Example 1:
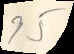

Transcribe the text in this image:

95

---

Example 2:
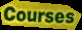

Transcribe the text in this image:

Courses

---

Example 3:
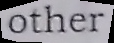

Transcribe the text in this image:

other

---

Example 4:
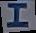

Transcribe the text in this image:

I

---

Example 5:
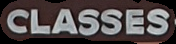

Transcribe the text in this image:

CLASSES